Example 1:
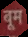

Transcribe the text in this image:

बूम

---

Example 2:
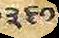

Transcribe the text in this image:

३६०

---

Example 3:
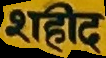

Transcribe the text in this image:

शहीद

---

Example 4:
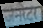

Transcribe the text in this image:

जनरेटर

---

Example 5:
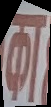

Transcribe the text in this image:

का